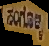
ಸಂಗೊಳ್ಳ